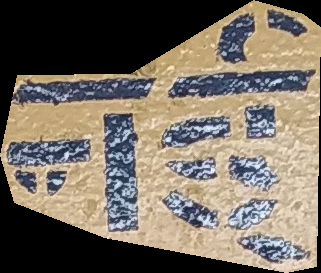
नई